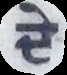
ਦੇ